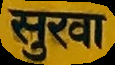
सुखा